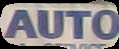
AUTO